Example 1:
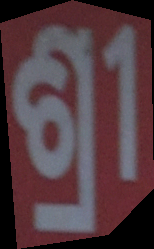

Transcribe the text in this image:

ଶ୍ରୀ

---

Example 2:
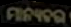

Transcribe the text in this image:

ମାନ୍ୟବର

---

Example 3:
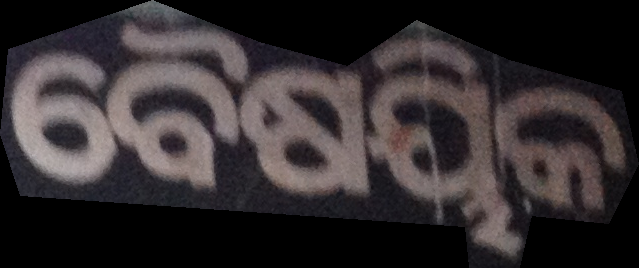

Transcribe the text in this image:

ବୈଷୟିକ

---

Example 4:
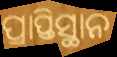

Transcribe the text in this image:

ପ୍ରାପ୍ତିସ୍ତାନ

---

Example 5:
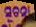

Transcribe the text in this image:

ସୂଚନା